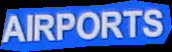
AIRPORTS